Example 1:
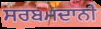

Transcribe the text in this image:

ਸਰਬਮਦਾਨੀ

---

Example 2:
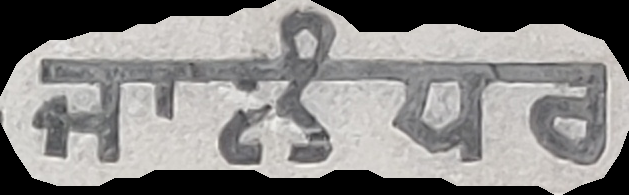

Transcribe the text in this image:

ਜਾਨੰਧਰ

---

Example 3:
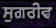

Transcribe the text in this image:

ਸੁਗਰੀਵ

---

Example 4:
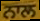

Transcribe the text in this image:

ਨਾਲ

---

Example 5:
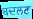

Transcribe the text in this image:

ਬਦਲਣ